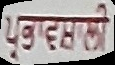
ਪ੍ਰਭਾਵਸ਼ਾਲੀ